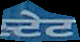
स्टेट